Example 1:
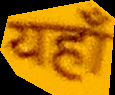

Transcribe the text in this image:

यहाँ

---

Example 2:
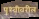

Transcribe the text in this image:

पृथ्वीवरील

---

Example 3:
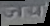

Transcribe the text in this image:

जय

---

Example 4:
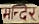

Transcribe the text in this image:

मन्दिर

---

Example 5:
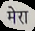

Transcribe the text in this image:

मेरा